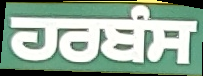
ਹਰਬੰਸ